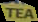
TEA